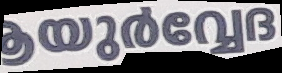
ആയുർവ്വേദ